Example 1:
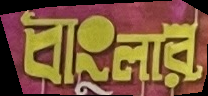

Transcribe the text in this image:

বাংলার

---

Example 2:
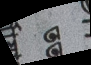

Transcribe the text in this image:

তত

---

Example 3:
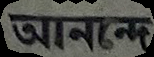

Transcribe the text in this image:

আনন্দে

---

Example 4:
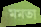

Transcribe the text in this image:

মমতা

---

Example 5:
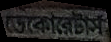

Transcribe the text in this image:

ডেকোরেটার্স